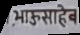
भाऊसाहेब